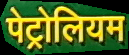
पेट्रोलियम